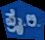
ಪ್ರೈ.ಲಿ.